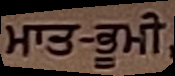
ਮਾਤ-ਭੂਮੀ